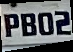
PB02